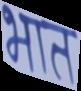
भात